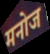
मनोज